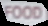
FOOD